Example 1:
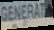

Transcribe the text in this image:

GENERAT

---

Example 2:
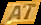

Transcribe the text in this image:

AT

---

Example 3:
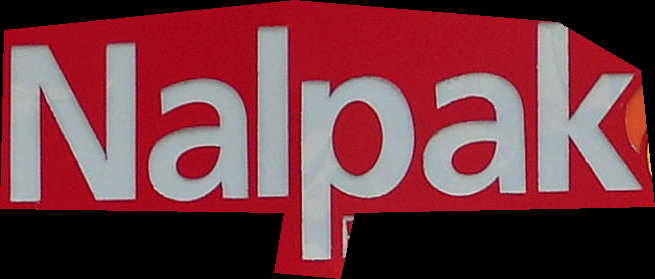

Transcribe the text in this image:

Nalpak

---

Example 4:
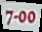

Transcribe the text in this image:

7-00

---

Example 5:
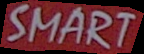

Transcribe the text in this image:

SMART